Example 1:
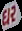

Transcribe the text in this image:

ઘર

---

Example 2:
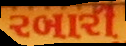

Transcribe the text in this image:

રબારી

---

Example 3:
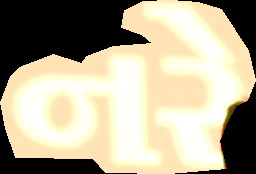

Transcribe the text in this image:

નરે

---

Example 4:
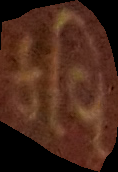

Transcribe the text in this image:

કવિ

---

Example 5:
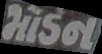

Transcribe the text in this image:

મોર્ડન